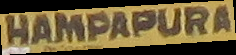
HAMPAPURA